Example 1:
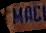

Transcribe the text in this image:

MAC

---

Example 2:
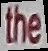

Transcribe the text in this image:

the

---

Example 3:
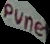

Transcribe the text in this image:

pune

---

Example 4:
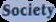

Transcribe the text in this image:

Society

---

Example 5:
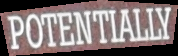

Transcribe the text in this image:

POTENTIALLY